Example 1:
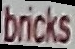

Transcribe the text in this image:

bricks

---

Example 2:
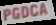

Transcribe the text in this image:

PGDCA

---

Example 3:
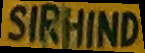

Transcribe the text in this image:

SIRHIND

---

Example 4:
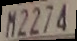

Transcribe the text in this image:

M2274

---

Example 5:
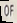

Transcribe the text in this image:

OF